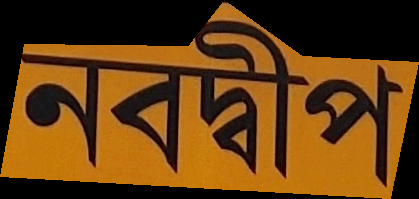
নবদ্বীপ